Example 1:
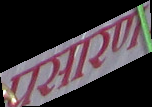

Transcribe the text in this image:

प्रसारण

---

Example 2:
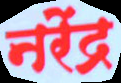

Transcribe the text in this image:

नरेंद्र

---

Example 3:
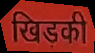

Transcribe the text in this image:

खिड़की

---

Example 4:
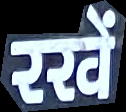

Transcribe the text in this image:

रखें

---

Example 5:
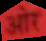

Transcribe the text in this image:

ओर